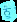
ਨੂੰ